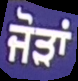
ਜੋੜਾਂ